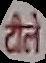
टीले